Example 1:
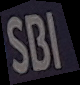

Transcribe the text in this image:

SBI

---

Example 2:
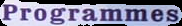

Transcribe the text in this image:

Programmes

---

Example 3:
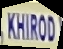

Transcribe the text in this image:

KHIROD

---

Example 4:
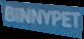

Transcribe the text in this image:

BINNYPET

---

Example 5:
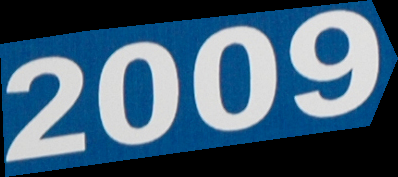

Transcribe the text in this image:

2009